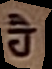
ਹੈ